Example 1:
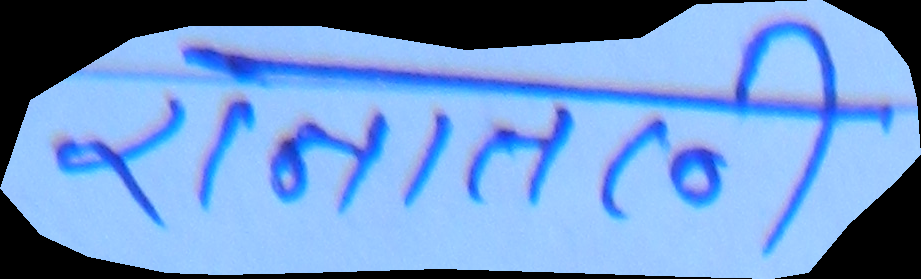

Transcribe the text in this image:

रामातली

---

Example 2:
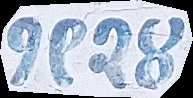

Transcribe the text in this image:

१९२४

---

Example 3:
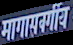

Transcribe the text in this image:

मागासवर्गीय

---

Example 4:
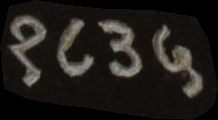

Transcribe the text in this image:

१८३५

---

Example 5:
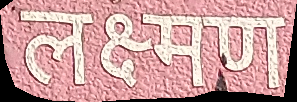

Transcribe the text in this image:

लक्ष्मण